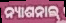
ନ୍ୟାଶନାଲ୍